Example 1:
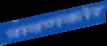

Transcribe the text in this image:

त्रावणकोर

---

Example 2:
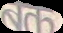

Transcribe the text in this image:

बक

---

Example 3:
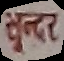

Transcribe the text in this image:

सुन्दर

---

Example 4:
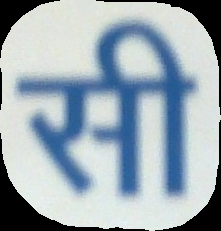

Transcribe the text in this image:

सी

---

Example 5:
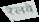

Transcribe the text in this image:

रेलवे